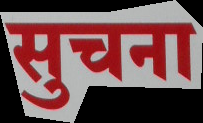
सुचना